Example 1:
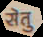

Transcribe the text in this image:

सेतु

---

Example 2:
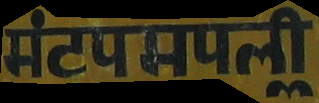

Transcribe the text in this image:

मंटपमपली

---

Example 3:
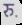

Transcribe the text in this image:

रु.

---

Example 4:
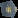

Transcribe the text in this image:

के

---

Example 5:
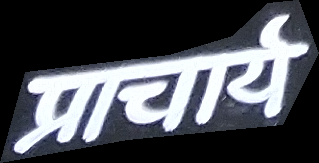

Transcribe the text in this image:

प्राचार्य